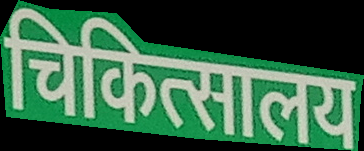
चिकित्सालय